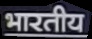
भारतीय